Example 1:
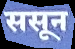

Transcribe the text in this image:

ससून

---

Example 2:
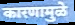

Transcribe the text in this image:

कारणामुळे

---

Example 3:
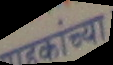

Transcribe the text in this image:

गहकांच्या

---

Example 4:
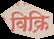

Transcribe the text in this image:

विक्रि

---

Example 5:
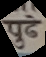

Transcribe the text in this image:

पुढे